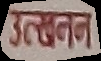
उत्खनन